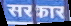
सरकार